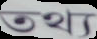
তথ্য